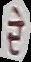
ਦੇ